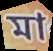
মা